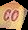
CO